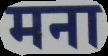
मना